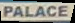
PALACE